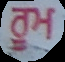
ਰੂਮ